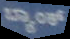
ಬ್ಯಾಂಕ್